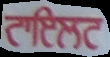
ਟਾਇਲਟ